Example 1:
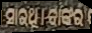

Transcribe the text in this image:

ସାରଥା । ବାକର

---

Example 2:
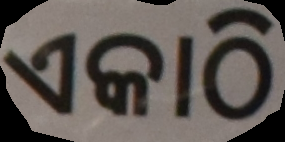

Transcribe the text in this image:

ଏକାଠି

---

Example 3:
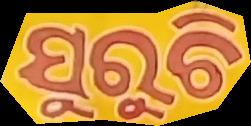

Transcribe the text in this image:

ପୁରୁଟି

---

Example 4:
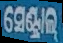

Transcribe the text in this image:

ସେଣ୍ଟ୍ରାଲ୍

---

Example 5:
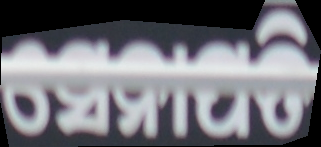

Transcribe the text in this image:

ସେନାପତି